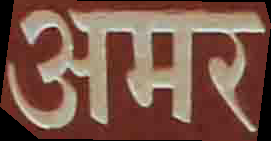
अमर